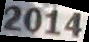
2014